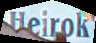
Heirok